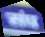
संद्य